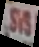
SrS